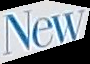
New